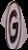
G